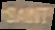
SANT